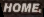
HOME,